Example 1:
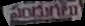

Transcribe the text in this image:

పండుగలు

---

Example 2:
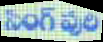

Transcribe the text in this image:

సింగ్ పురి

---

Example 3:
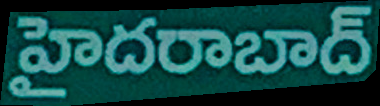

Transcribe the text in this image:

హైదరాబాద్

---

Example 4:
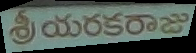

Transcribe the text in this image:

శ్రీయరకరాజు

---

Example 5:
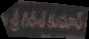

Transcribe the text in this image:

శ్రీ గరరశ కుమార